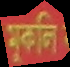
মুকলি